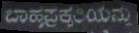
ಬಾಹಪ್ರಕ್ತತಿಯನ್ನು